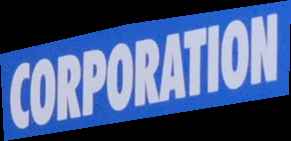
CORPORATION